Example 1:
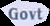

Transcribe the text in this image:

Govt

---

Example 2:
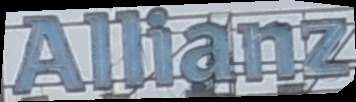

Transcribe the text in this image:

Allianz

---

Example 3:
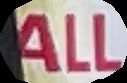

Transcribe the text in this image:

ALL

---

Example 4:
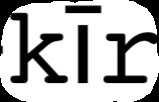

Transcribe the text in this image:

kīr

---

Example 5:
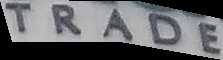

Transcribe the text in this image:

TRADE